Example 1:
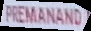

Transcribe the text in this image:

PREMANAND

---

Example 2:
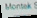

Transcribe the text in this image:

Montek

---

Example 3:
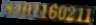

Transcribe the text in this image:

8401160211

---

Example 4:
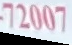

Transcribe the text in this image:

72007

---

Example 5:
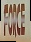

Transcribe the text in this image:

FORCE